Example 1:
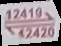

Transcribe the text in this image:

1241912420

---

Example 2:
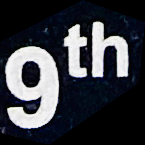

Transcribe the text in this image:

9th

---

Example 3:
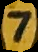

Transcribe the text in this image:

7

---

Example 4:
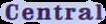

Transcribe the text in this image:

Central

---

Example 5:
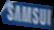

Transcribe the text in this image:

SAMSUN